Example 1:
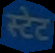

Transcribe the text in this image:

स्‍टेट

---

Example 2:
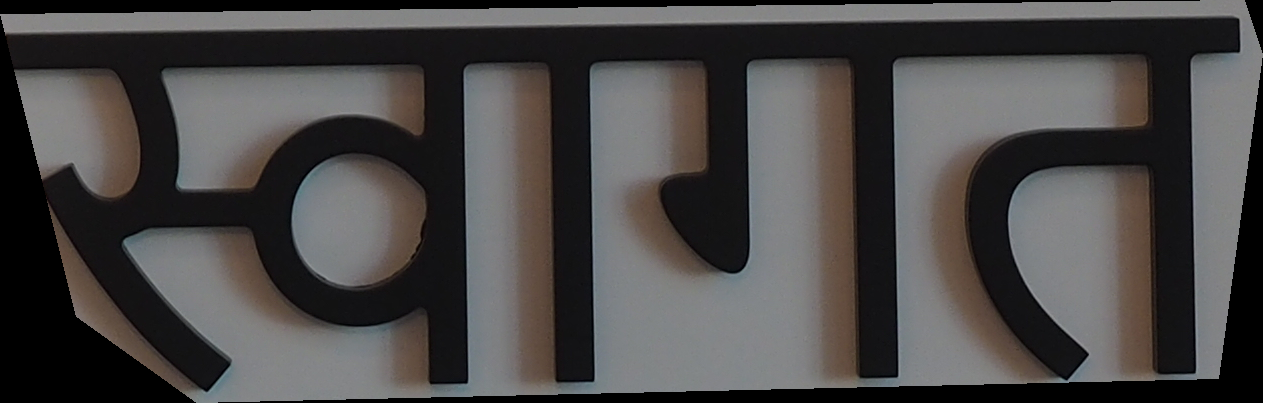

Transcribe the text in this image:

स्‍वागत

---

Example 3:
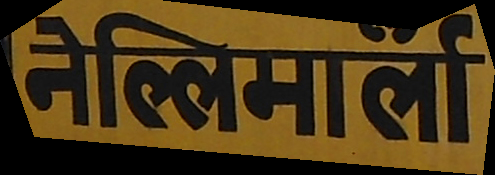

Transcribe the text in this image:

नेल्लिमार्ला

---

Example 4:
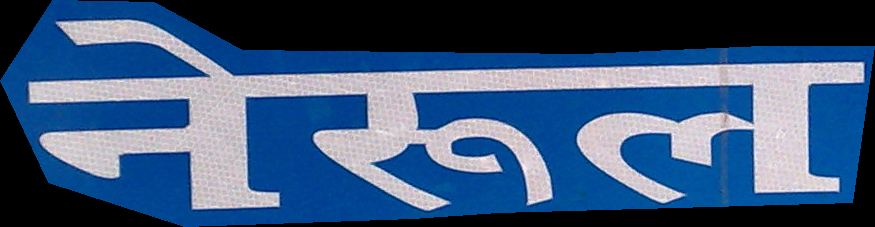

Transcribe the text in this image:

नेरूल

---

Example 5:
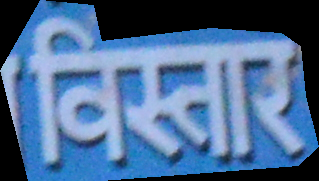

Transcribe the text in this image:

विस्तार